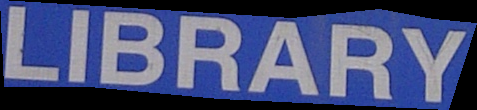
LIBRARY